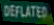
DEFLATED